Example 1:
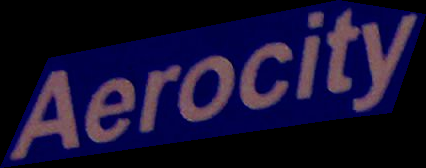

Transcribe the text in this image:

Aerocity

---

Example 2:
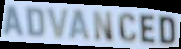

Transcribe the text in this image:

ADVANCED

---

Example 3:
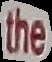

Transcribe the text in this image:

the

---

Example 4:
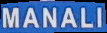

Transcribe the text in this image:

MANALI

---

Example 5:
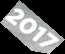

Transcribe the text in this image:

2017